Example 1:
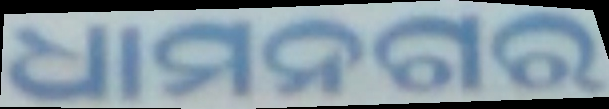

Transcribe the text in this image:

ଧାମନଗର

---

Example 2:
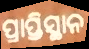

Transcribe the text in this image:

ପ୍ରାପ୍ତି ସ୍ଥାନ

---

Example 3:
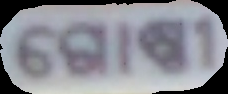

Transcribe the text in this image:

ଗୋଷ୍ଠୀ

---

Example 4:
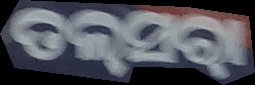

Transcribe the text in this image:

ତଲସରା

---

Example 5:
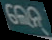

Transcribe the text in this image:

ଲେନ୍